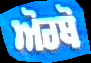
ਅੋਰਬੋ